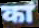
का